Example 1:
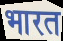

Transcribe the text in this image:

भारत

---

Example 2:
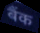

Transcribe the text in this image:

बैंक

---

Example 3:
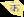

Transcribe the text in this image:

के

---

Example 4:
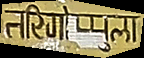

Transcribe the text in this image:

तरिगोप्पुला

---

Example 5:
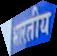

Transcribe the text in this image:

भारतीय